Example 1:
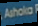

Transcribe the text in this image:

Ashoka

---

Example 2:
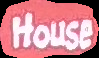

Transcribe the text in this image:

House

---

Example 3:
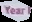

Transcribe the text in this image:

Year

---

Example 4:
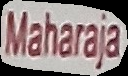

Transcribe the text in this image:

Maharaja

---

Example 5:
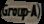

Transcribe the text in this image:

Group-A)